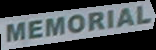
MEMORIAL